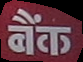
बैंक